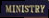
MINISTRY